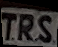
T.R.S.